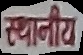
स्थानीय